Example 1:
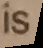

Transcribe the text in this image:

is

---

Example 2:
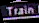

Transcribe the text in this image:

Train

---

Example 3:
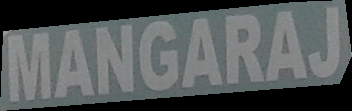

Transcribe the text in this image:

MANGARAJ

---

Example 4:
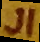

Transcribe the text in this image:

JI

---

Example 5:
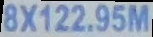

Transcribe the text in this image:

8X122.95M